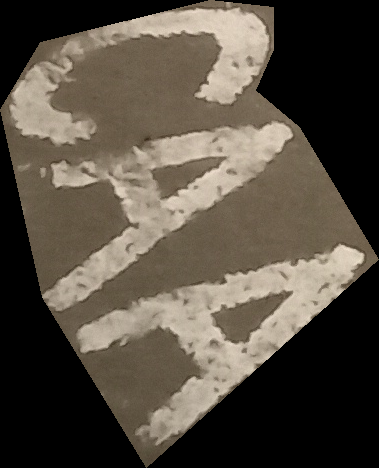
CAA